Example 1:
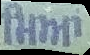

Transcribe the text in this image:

ਮਿਆਂ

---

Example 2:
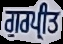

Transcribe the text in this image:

ਗੁਰਪ੍ਰੀਤ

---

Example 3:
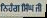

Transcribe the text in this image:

ਨਿਹੰਗ ਸਿੰਘ ਜੀ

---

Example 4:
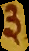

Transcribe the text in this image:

੩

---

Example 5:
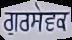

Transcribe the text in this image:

ਗੁਰਸੇਵਕ